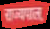
राज्यपाल